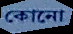
কোনো